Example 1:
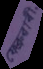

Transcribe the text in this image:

ফেব্ৰুৱাৰী,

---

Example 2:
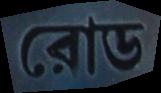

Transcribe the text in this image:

রোড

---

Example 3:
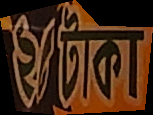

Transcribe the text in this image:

২ টাকা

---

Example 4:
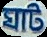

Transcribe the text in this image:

ঘাট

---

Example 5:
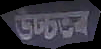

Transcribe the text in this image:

উচ্চতৰ